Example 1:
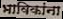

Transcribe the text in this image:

भाविकांना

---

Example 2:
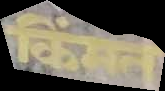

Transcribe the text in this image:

किंमत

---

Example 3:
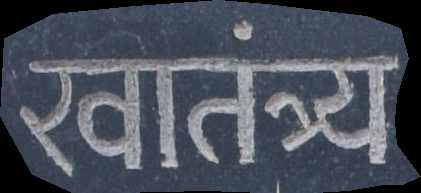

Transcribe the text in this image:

खातंत्र्य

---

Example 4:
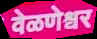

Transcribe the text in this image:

वेळणेश्वर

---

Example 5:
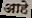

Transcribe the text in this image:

आहे